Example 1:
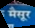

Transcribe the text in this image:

मैसूर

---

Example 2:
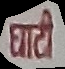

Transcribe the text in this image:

घाटी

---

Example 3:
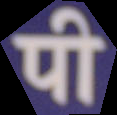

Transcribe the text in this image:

पी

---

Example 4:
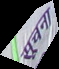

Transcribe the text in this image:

सूचना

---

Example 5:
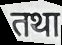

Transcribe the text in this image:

तथा